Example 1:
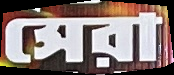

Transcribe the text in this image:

সেরা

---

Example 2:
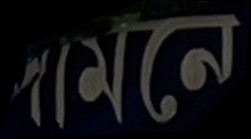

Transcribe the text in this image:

মনে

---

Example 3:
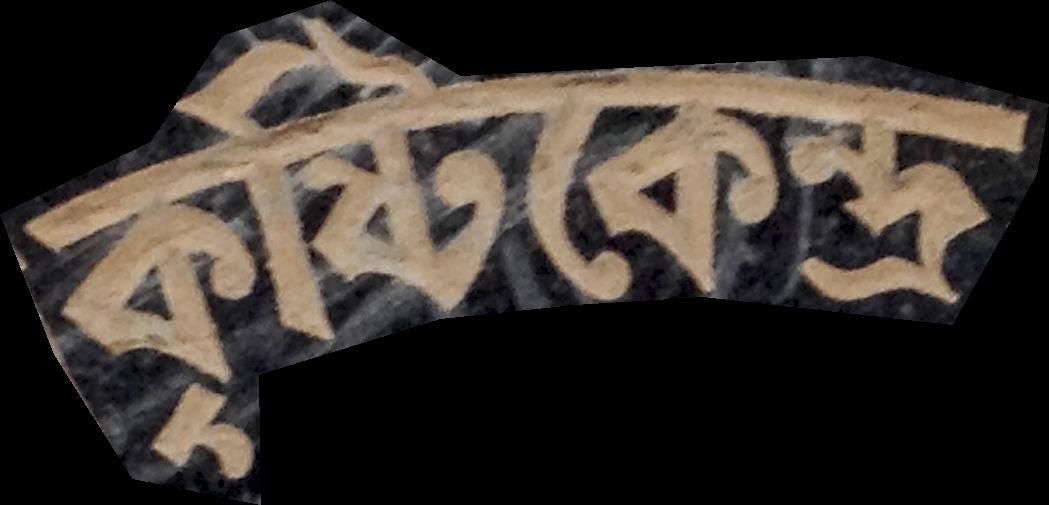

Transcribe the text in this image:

কৃষ্টিকেন্দ্র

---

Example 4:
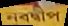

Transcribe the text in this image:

নবদ্বীপ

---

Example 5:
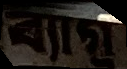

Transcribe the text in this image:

ব্যাগ